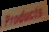
Products